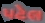
પઢેલ